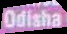
Odisha